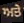
ਅਤੇ